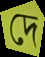
দে